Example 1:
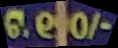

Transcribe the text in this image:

ଟ ୧୦/-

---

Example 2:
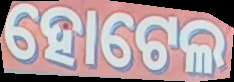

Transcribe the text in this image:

ହୋଟେଲ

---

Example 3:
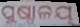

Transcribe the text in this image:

ପୁଷ୍ପାଳୟ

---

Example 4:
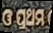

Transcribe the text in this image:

ଓ ପ୍ରଥମ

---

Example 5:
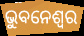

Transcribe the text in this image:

ଭୁବନେଶ୍ବର